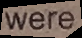
were